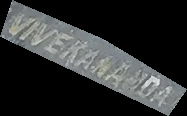
VIVEKANANDA